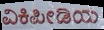
ಎಕಿಪೀಡಿಯ